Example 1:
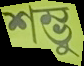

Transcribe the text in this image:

শম্ভু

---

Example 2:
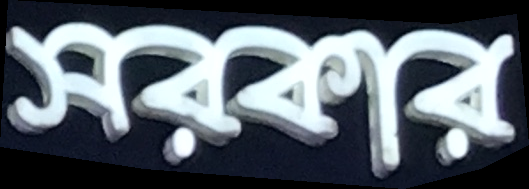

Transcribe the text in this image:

সরকার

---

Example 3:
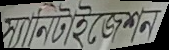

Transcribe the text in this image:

স্যানিটাইজেশন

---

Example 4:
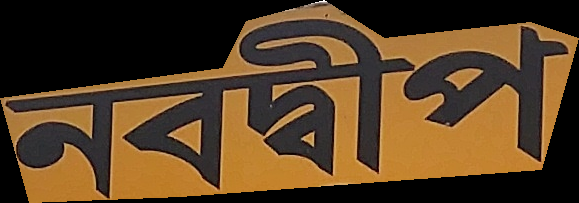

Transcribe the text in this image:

নবদ্বীপ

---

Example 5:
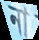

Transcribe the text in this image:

না